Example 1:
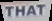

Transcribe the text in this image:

THAT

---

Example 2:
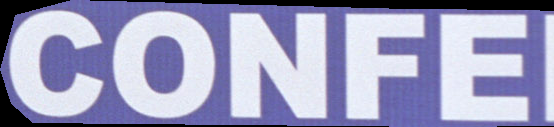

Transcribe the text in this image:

CONFE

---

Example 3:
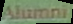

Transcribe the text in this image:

Alumni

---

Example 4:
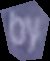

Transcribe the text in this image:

by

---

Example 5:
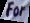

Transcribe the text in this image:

For